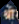
श्री